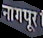
नागपूर